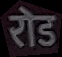
रोड